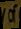
of